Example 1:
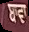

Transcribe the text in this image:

ਬਾਵਾ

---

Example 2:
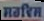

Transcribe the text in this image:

ਸਰਵਿਸ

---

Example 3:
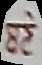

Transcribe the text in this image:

ਬਣੇ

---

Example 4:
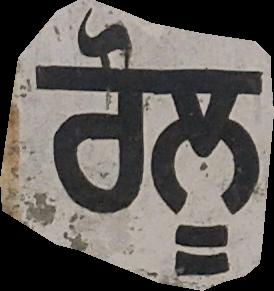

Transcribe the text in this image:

ਰੋਲੂ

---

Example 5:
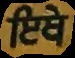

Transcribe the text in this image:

ਇਥੇ